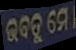
ଭବତୁ ମେ